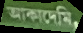
আকাদেমি,